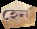
হেন